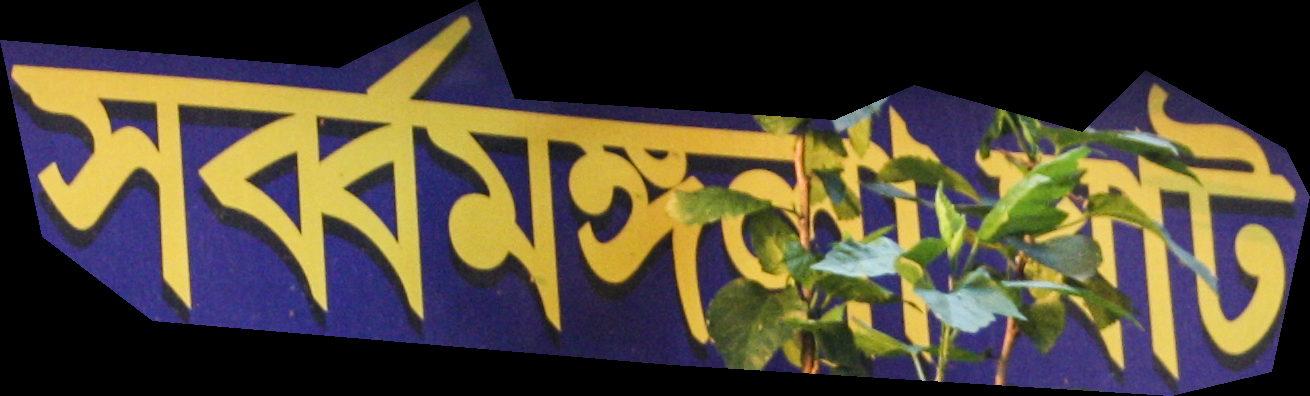
সর্বমঙ্গলা ঘাট